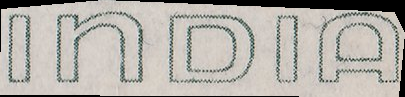
पाताळात